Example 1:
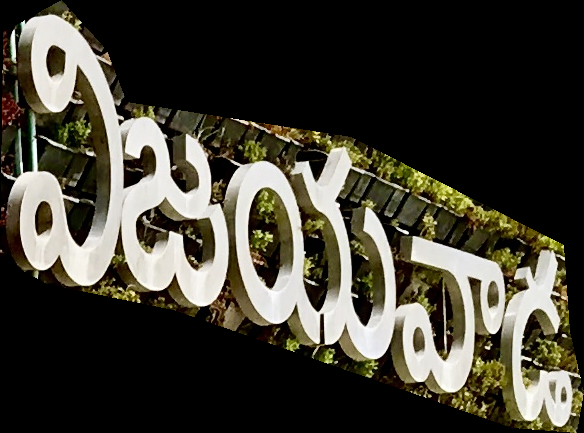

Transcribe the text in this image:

విజయవాడ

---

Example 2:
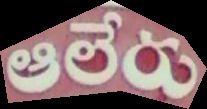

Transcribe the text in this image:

ఆలేరు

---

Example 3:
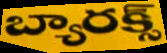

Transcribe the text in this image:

బ్యారక్స్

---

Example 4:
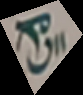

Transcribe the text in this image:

గ్రా॥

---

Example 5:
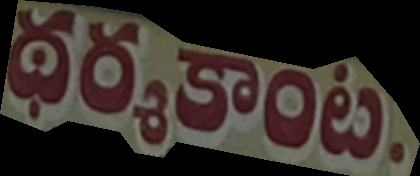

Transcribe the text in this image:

ధర్మకాంట